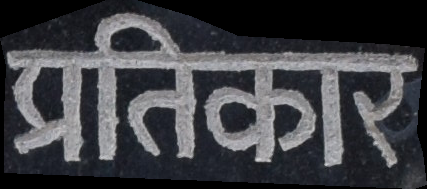
प्रतिकार